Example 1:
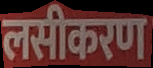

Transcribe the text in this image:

लसीकरण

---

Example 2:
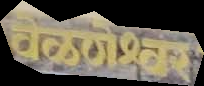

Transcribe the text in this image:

वेळणेश्वर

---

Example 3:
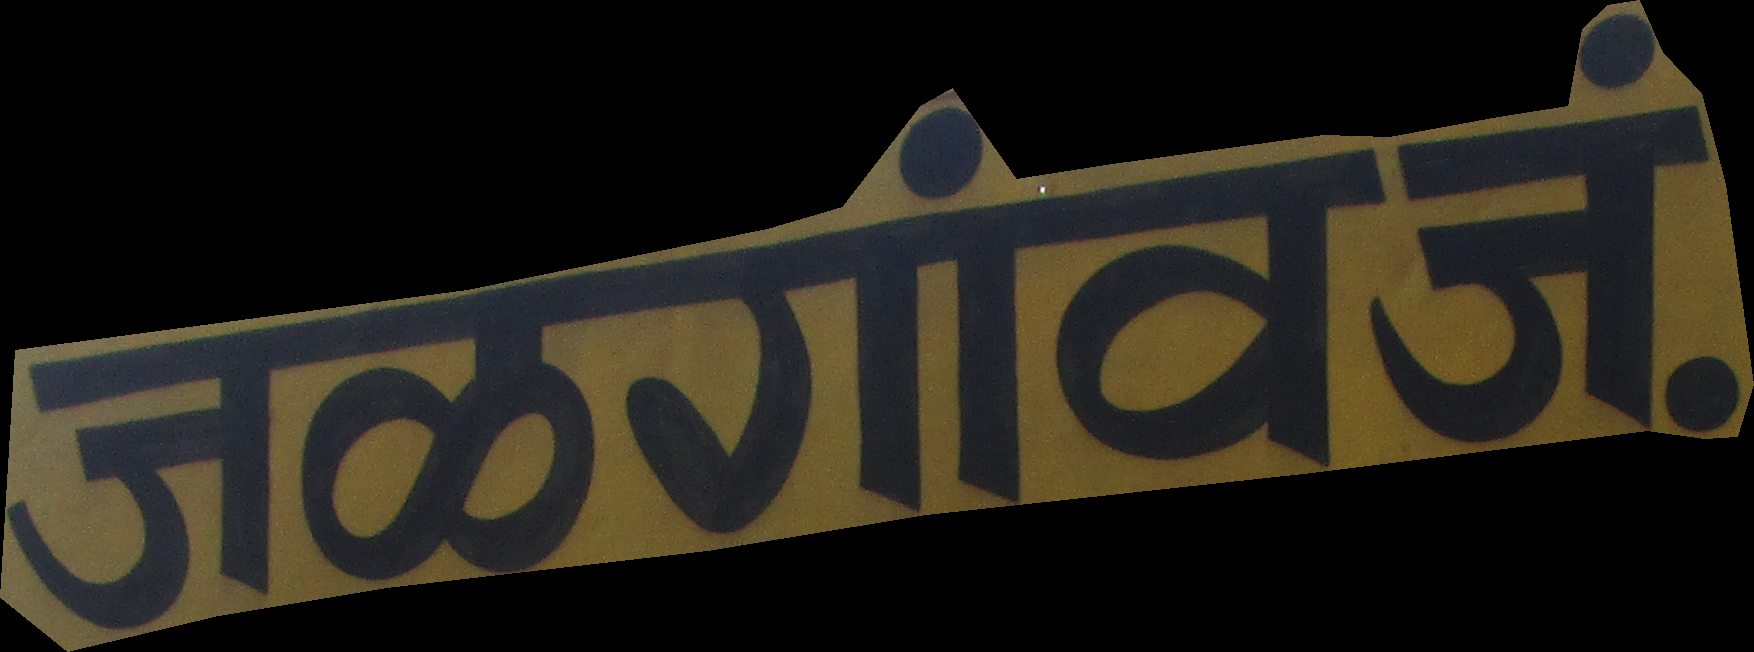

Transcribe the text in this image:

जळगांव जं.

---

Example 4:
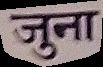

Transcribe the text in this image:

जुना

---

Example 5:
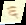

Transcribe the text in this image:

६